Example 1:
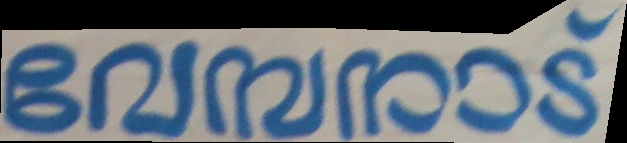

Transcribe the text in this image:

ഭവമ്പനാട്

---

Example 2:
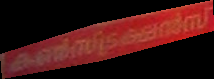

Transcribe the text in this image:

കൺസ്ട്രക്ഷൻസ്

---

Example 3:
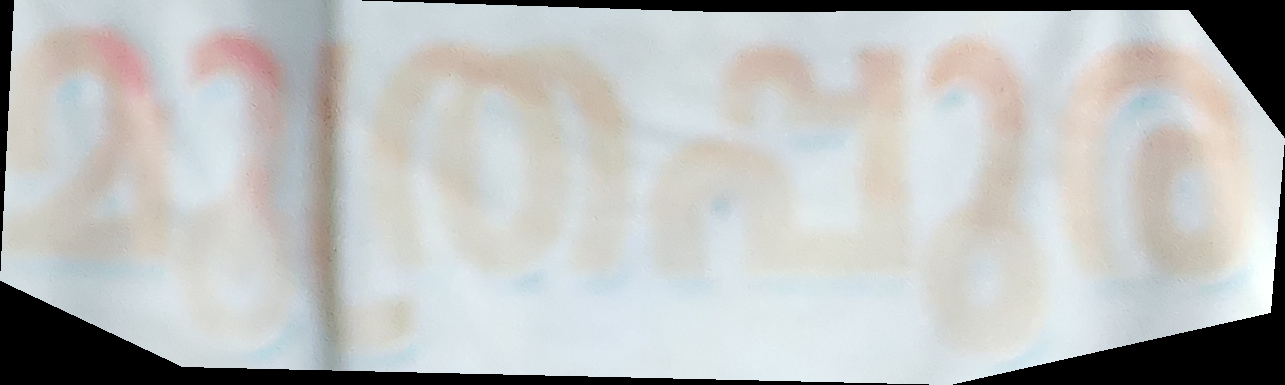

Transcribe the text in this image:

മൂത്രപ്പുര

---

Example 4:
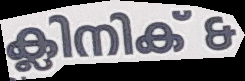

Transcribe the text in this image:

ക്ലിനിക്‌&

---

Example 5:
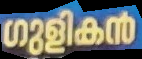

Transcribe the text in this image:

ഗുളികൻ